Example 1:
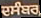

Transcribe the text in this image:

ਦਸੰਬਰ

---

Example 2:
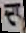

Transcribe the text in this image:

ਦਾ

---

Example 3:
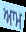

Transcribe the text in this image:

ਆਮ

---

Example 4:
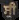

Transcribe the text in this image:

ਸ੍ਰੀ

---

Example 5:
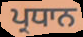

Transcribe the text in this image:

ਪ੍ਰਧਾਨ